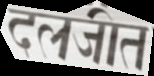
दलजीत